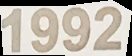
1992